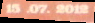
15.07.2012